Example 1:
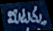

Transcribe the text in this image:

మీటర్లు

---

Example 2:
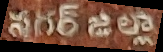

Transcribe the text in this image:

సగర్ జిల్లా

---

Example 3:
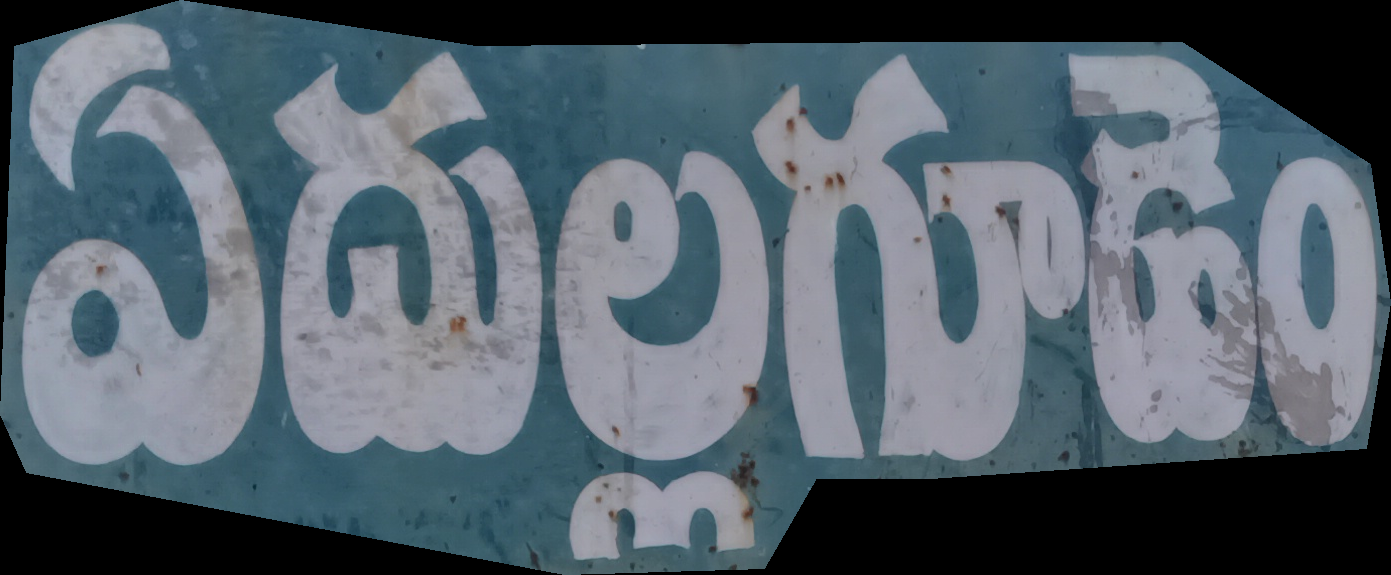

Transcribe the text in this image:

ఏదుల్లగూడెం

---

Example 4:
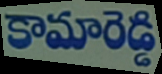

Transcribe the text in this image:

కామారెడ్డి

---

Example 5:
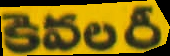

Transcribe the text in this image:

కెవలరీ